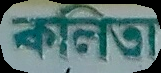
কলিতা